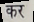
कर